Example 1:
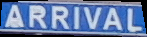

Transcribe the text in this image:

ARRIVAL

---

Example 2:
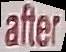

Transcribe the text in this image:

after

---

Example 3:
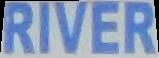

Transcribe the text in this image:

RIVER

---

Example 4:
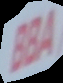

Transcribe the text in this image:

BBA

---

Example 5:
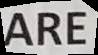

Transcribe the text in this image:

ARE